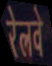
रेलवे